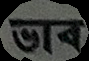
ভাৰ